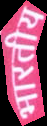
भारतीय